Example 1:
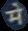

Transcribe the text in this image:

मेे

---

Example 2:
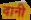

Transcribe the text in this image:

वानी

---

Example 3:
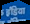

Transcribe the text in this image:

इंडिया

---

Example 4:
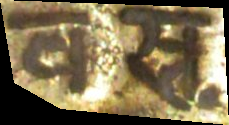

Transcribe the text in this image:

वस्र.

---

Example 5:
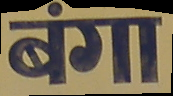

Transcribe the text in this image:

बंगा